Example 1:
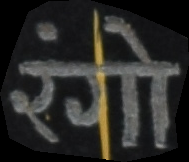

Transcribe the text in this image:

रंगो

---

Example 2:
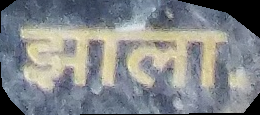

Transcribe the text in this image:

झाला.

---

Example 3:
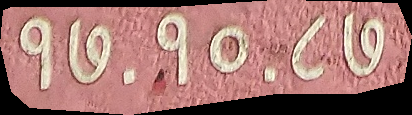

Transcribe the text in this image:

१७.१०.८७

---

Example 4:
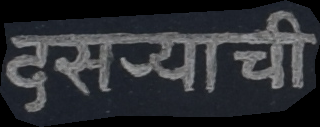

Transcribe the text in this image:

दसऱ्याची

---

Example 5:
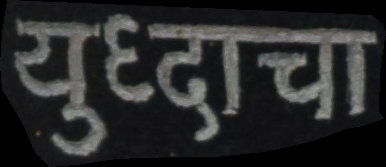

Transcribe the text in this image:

युध्दाचा